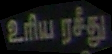
உாிய ரசீது